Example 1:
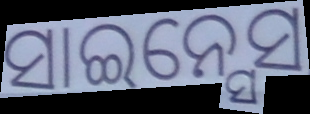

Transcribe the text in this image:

ସାଇନ୍ସେସ,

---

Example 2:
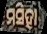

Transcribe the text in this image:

ମସିହା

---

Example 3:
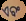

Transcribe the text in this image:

ଏବଂ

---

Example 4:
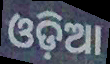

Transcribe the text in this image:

ଓଡ଼ିଆ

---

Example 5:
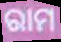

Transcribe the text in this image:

ରାମ